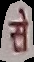
से